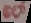
ಅಲ್